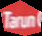
Tarun